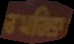
ਚਪਹਿਲਾ